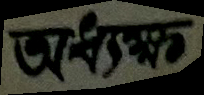
অধ্যক্ষ